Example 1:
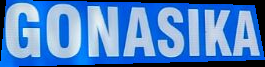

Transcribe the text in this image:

GONASIKA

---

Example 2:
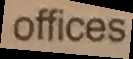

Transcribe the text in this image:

offices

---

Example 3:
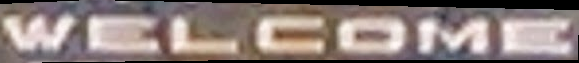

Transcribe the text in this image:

WELCOME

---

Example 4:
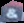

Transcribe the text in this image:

&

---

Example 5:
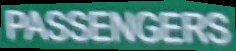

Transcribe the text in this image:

PASSENGERS